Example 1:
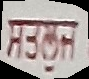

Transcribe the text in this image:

ਸਤਲੁਜ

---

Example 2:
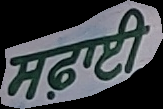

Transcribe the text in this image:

ਸਫ਼ਾਈ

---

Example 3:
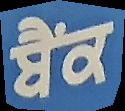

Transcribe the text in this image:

ਬੈंਕ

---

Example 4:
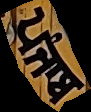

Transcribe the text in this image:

ਪੰਜਾਬ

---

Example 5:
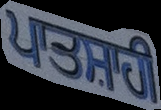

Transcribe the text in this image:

ਪਾਤਸ਼ਾਹੀ